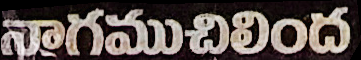
నాగముచిలింద